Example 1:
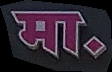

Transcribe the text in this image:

मा.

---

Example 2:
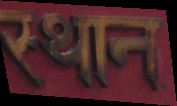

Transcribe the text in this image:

स्थान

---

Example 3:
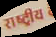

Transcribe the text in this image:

राष्ट्रीय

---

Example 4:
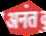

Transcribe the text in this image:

अनंत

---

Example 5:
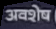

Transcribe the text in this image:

अवशेष